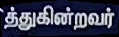
த்துகின்றவர்